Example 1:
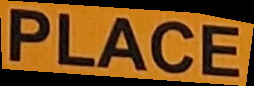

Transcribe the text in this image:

PLACE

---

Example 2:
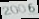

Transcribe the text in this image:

2006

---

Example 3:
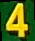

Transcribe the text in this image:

4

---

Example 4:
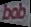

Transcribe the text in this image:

bob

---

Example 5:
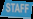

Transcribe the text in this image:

STAFF